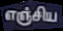
எஞ்சிய